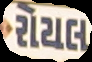
રોયલ